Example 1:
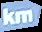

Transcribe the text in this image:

km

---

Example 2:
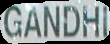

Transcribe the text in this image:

GANDHI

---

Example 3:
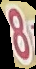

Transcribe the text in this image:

8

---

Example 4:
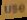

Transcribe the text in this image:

use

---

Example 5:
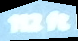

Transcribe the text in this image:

112ft